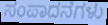
ಸಂಪಾದನೆಗಳು